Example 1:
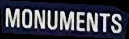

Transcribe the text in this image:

MONUMENTS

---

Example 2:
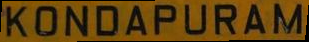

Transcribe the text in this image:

KONDAPURAM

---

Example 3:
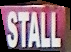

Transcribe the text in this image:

STALL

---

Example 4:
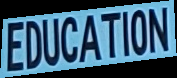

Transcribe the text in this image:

EDUCATION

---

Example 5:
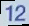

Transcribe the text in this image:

12